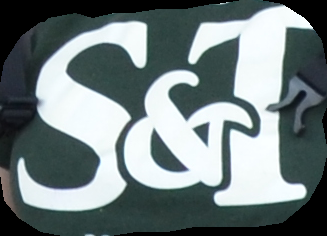
S&T